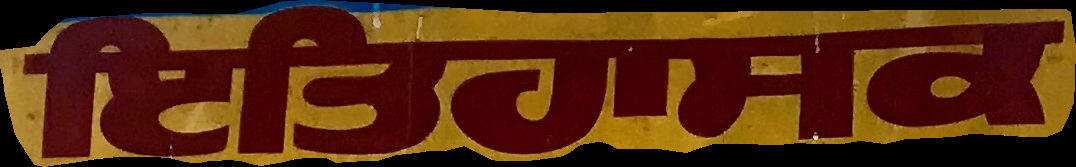
ਇਤਿਹਾਸਕ